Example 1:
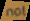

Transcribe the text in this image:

not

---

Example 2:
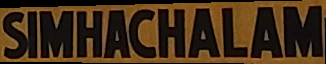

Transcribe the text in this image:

SIMHACHALAM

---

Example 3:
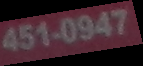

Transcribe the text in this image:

451-0947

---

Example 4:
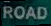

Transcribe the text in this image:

ROAD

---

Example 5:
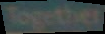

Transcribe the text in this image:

Together